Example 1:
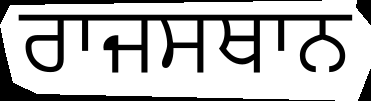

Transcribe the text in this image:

ਰਾਜਸਥਾਨ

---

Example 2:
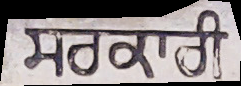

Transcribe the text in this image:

ਸਰਕਾਰੀ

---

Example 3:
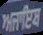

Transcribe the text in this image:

ਅਜਾਇਬ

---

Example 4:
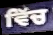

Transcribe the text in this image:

ਵਿੱਚ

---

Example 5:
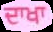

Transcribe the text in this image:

ਦਾਖਾ